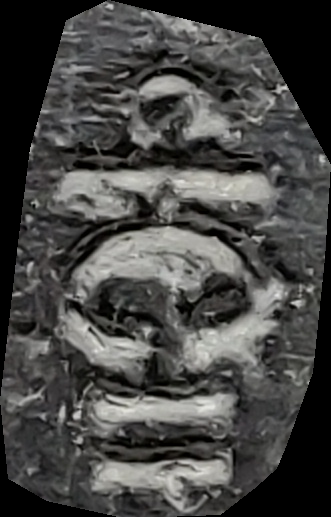
ਨੂੰ